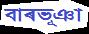
বাৰভূঞা